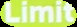
Limit